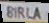
BIRLA